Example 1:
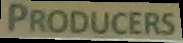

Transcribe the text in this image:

PRODUCERS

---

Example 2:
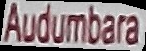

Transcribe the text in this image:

Audumbara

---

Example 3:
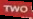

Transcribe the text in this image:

TWO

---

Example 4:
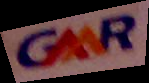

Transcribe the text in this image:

GAR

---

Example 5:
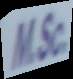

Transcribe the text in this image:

M.Sc.